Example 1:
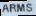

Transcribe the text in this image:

ARMS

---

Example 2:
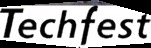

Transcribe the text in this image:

Techfest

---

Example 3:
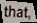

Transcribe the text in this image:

that,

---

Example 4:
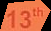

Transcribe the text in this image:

13th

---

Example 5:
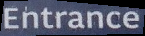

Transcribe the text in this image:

Entrance